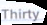
Thirty